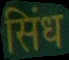
सिंध